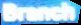
Branch